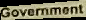
Government